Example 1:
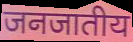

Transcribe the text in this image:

जनजातीय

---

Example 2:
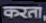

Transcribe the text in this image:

करता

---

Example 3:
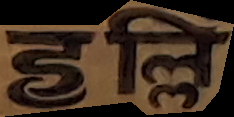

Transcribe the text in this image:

हल्लि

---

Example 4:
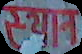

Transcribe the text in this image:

स्थान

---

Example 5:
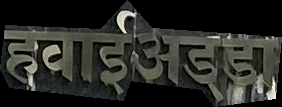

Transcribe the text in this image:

हवाईअड्डा